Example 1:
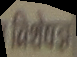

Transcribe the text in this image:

विशेषज्ञ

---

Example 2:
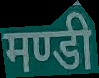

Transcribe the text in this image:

मण्डी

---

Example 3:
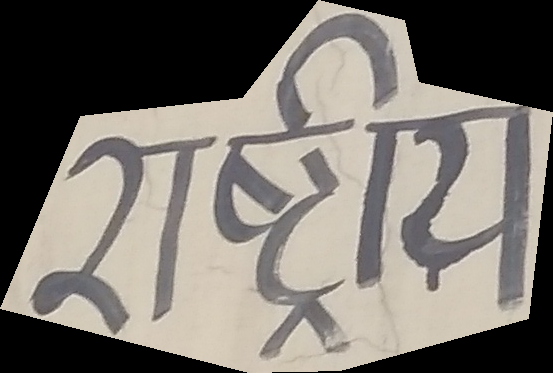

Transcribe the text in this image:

राष्‍ट्रीय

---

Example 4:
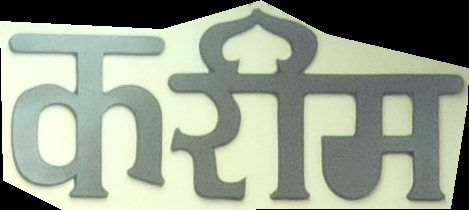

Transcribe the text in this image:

करीम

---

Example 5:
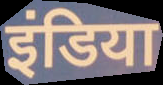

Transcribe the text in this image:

इंडिया